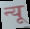
न्यू